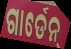
ଗାର୍ଡେନ୍